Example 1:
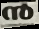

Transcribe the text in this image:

ൻ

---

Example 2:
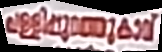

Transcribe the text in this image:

പള്ളിപ്പുറത്തുകാര്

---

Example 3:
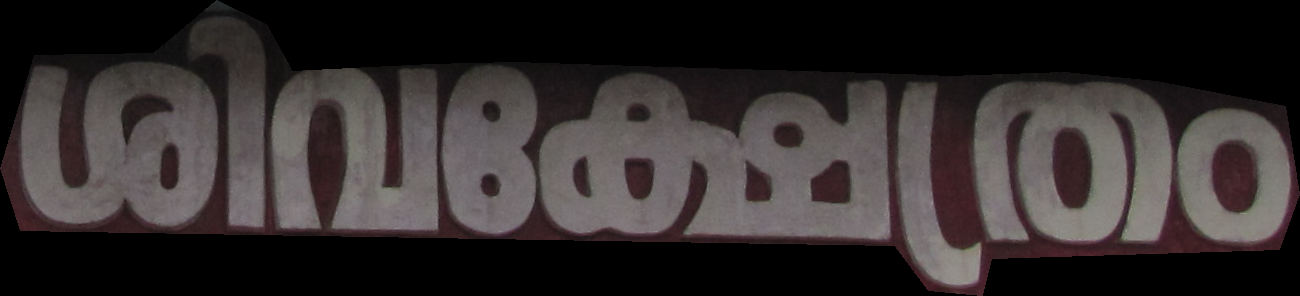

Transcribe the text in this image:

ശിവക്ഷേത്രം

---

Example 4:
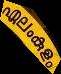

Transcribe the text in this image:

ഏലംകുളം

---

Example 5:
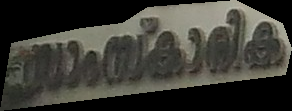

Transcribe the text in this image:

സാംസ്‌കാരിക